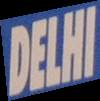
DELHI